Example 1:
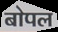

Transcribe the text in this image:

बोपल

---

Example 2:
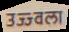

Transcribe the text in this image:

उज्ज्वला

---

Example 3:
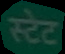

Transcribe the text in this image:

स्‍टेट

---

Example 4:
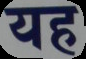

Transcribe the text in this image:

यह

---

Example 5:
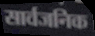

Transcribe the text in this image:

सार्वजनिक